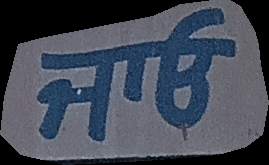
ਜਾਓ